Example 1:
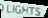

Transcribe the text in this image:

LIGHTS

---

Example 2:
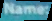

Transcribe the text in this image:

Name:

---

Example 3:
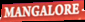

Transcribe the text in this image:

MANGALORE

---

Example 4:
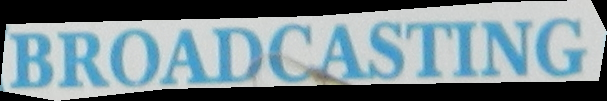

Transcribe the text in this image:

BROADCASTING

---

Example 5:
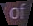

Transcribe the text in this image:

of